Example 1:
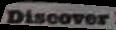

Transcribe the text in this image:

Discover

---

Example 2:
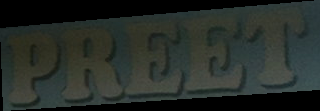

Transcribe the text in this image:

PREET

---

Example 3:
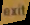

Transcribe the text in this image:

exit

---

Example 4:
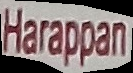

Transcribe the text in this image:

Harappan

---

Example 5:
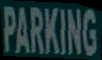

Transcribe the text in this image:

PARKING